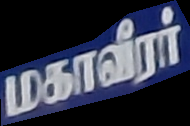
மகாவீரா்